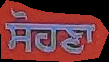
ਸੋਹਣਾ